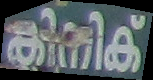
കിനിക്